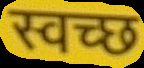
स्वच्छ